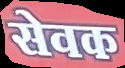
सेवक